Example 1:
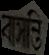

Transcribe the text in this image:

বাসন্তি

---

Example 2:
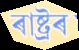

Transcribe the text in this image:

ৰাষ্ট্ৰৰ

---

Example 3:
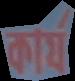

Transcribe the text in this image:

কাৰ্য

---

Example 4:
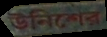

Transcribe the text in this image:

উনিশের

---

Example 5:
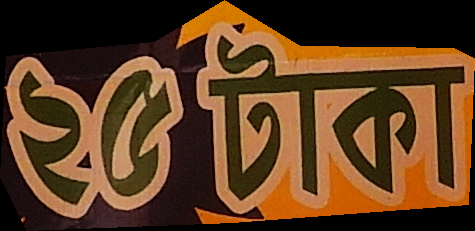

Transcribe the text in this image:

২৫টাকা